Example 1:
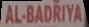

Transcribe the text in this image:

AL-BADRIYA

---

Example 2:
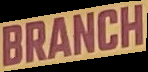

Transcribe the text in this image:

BRANCH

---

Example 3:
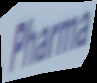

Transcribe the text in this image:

Pharma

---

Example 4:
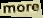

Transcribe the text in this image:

more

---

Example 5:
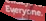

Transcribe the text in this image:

Everyone.